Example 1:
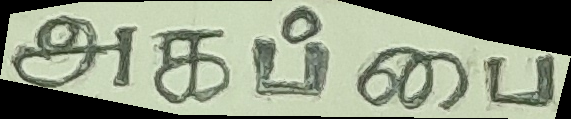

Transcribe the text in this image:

அகபீபை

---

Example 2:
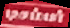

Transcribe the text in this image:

டிசம்பர்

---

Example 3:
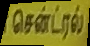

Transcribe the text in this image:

சென்ட்ரல்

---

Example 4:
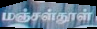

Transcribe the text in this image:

மஞ்சள்தூள்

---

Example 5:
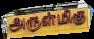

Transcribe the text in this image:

அஞள்மிகு